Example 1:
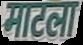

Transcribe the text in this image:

माटला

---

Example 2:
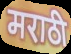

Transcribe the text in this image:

मराठी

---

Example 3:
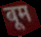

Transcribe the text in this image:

बूम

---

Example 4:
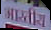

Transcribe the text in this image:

भारतीय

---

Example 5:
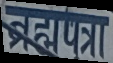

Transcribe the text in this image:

ब्रह्मपुत्रा